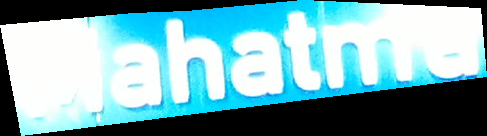
Mahatma